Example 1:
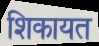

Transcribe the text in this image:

शिकायत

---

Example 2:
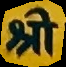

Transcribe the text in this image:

श्री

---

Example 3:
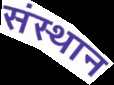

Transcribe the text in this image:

संस्थान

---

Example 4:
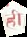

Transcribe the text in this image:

ही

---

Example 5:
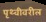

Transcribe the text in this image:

पृथ्वीवरील